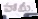
హామీ.